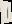
I